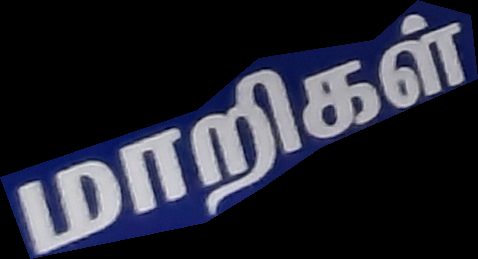
மாறிகள்